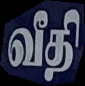
வீதி